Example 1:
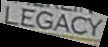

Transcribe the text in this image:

LEGACY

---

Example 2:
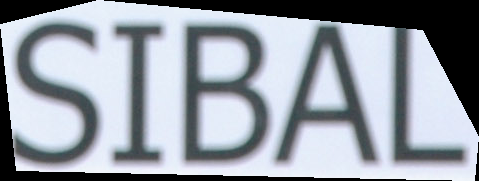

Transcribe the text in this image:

SIBAL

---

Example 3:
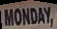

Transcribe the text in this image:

MONDAY,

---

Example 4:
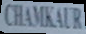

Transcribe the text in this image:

0143841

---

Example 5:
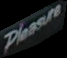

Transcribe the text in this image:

Pleasure